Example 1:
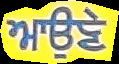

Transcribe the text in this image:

ਆਉਣੇ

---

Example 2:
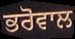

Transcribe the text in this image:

ਭਰੋਵਾਲ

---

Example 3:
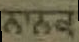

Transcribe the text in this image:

ਨਾਨਕ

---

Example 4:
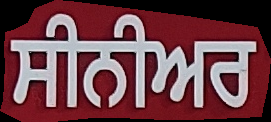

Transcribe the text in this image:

ਸੀਨੀਅਰ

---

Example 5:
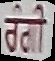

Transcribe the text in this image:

ਰੰਗੀ